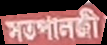
সতপালজী